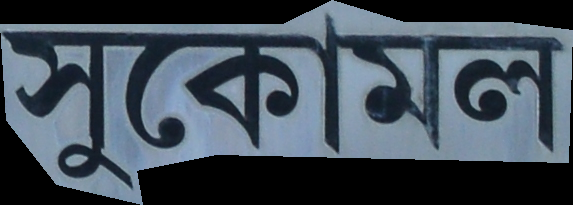
সুকোমল